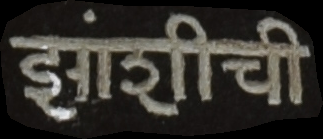
झांशीची